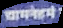
द्यामनेहमं